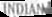
INDIAN